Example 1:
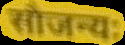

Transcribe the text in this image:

सौजन्यः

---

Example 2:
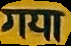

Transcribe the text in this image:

गया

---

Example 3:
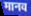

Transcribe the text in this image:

मानव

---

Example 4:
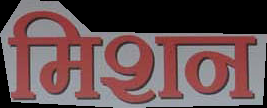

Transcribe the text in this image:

मिशन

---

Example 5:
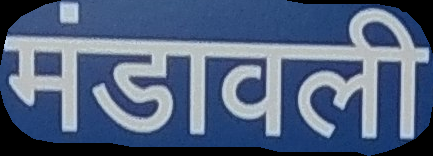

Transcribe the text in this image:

मंडावली